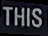
THIS